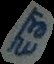
ਵਡਾ